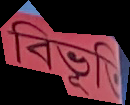
বিভূ